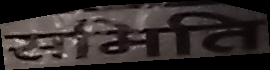
समिति